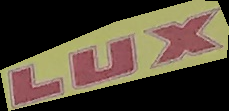
LUX